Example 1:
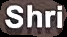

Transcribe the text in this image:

Shri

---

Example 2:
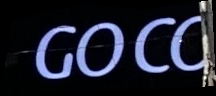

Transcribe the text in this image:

GOCO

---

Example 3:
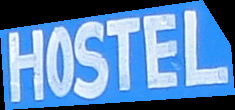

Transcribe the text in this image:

HOSTEL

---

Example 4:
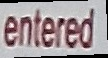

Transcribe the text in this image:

entered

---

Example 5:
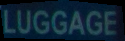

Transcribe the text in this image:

LUGGAGE